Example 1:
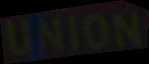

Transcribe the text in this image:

UNION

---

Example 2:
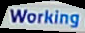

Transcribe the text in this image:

Working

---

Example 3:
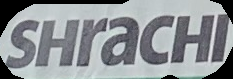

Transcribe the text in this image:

SHraCHI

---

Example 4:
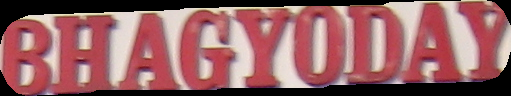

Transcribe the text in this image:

BHAGYODAY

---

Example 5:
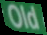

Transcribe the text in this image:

Old